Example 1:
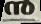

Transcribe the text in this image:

ൻ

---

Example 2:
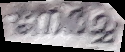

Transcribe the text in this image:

നേർച്ച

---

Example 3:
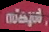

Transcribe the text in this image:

സ്‌കുൾ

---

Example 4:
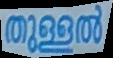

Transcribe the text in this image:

തുള്ളൽ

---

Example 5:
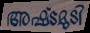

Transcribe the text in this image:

അഷ്‌ടമുടി